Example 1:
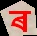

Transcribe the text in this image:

ৰ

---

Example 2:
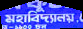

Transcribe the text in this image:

মহাবিদ্যালয়.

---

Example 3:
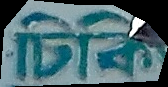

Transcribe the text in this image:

চিকি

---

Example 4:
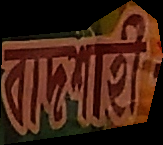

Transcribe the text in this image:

বাদশাহী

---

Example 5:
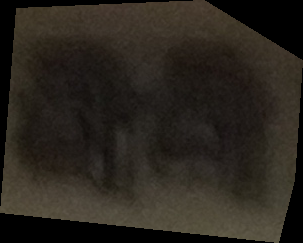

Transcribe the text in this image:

শ্রীশ্রী